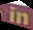
in